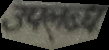
उपलब्ध